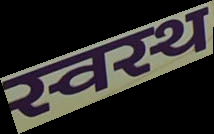
स्वस्थ